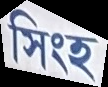
সিংহ